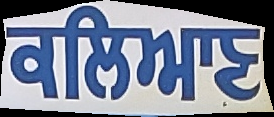
ਕਲਿਆਣ